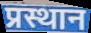
प्रस्‍थान